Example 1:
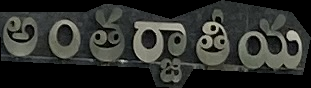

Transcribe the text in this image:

అంతర్జాతీయ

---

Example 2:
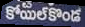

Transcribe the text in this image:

కోయిల్ కొండ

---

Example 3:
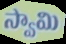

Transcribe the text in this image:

స్వామి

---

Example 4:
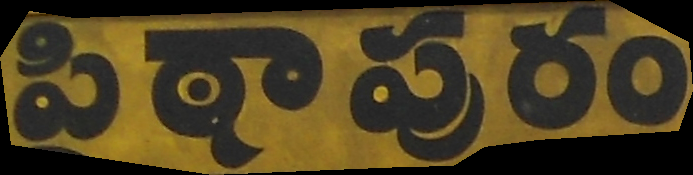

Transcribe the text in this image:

పిఠాపురం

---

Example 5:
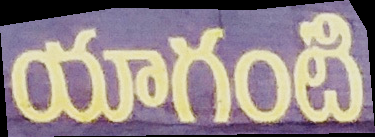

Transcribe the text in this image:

యాగంటి